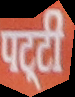
पट्टी